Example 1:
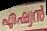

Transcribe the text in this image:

ഏഷ്യൻ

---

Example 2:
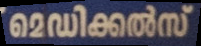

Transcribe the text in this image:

മെഡിക്കൽസ്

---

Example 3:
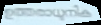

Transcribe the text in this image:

ഉത്തരാധുനിക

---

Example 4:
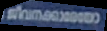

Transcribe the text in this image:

ജീവനക്കാരേയോ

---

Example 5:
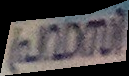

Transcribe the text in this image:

പ്രവാസി